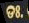
ଡଃ.